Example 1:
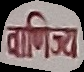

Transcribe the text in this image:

वाणिज्य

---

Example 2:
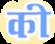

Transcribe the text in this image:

की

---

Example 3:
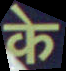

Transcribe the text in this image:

के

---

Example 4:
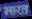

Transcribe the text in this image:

भारत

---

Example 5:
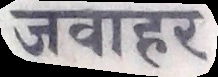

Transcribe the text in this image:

जवाहर